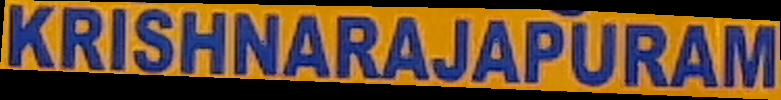
KRISHNARAJAPURAM